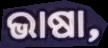
ଭାଷା,